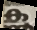
ക